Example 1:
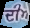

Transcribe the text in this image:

ਦੀ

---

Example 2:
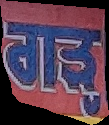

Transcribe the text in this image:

ਗੜ੍ਹ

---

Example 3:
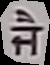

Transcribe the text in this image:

ਜੈ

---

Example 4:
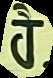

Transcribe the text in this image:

ਹੈ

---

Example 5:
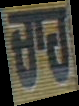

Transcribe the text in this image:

ਚਾਹ